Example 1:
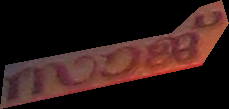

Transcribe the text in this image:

നാറജ്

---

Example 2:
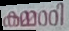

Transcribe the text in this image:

കമ്മററി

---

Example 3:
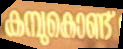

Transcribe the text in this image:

കമ്പുകൊണ്ട്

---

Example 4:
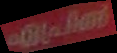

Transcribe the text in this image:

ഏപ്രിൽ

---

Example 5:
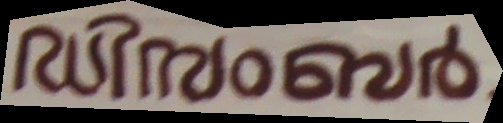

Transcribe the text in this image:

ഡിസംബർ